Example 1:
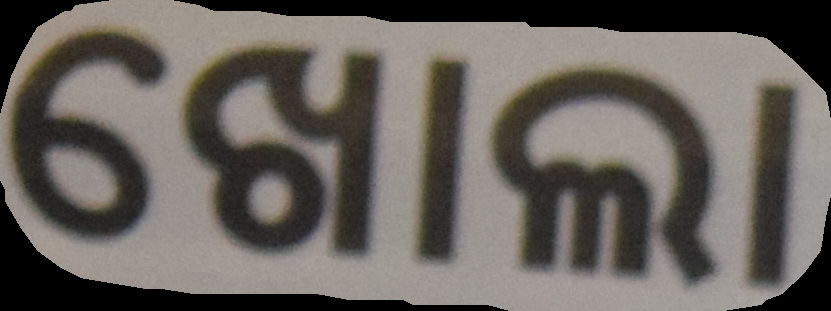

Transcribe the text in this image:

ଖୋଲା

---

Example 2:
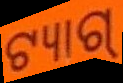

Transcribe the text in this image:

ଟ୍ଯାଗ୍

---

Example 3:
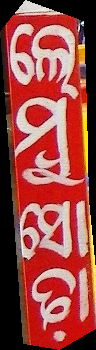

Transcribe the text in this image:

ଲେ ମୁ ସୋ ତ଼ା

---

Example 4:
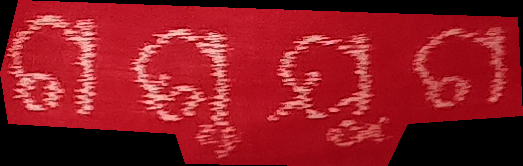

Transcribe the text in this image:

ଗ ଗ୍ନ ଯୂ ଗ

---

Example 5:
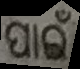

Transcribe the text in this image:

ପାଇଁ